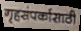
गृहसंपर्कासाठी